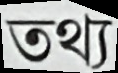
তথ্য